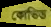
কোভিড